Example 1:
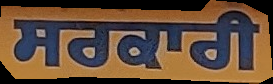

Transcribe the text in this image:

ਸਰਕਾਰੀ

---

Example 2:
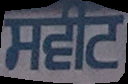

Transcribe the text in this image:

ਸਵੀਟ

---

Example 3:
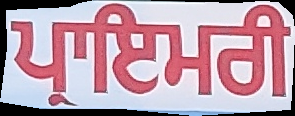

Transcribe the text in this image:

ਪ੍ਰਾਇਮਰੀ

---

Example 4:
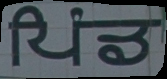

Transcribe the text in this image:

ਪਿੰਡ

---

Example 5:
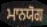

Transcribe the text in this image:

ਮਾਨਯੋਗ